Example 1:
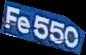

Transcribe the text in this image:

Fe550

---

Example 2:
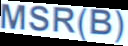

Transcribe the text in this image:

MSR(B)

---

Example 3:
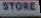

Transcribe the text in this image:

STORE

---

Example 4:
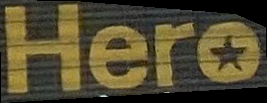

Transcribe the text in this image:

Hero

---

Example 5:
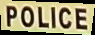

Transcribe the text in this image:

POLICE